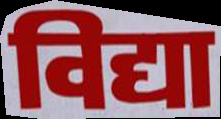
विद्या